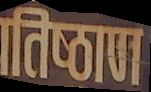
तिष्ठाण